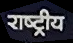
राष्‍ट्रीय